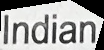
Indian